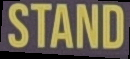
STAND